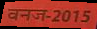
वनज-2015